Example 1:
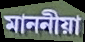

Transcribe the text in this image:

মাননীয়া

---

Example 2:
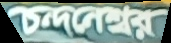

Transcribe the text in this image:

চন্দনেশ্বর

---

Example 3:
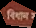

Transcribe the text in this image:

বিধান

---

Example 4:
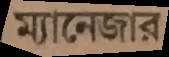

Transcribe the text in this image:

ম্যানেজার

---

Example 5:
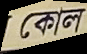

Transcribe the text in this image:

কোল